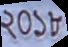
২০১৮